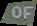
OF